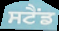
ਸਟੈਂਡ